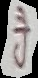
ਹੈ